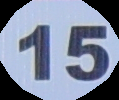
15